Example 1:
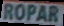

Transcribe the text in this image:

ROPAR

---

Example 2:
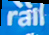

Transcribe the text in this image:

rail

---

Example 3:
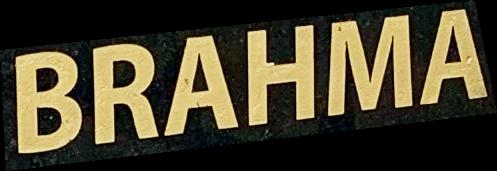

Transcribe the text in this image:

BRAHMA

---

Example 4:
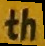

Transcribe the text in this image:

th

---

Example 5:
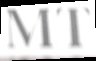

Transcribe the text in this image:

MT